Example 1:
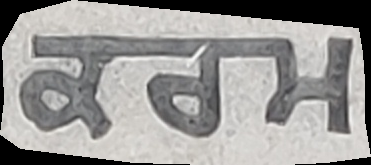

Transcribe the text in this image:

ਕਰਮ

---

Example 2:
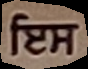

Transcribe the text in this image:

ਇਸ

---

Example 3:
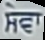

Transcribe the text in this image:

ਸੇਵਾ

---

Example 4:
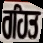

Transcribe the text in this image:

ਰਹਿਤ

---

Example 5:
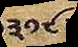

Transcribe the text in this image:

੩੭੯